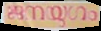
ജനയുഗം